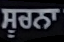
ਸੂਰਨਾ